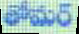
తోమర్